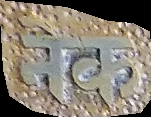
नेक